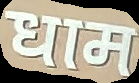
धाम